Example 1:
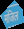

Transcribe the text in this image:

मंजिल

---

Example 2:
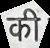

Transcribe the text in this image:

की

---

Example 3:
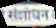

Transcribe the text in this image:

संशोधन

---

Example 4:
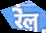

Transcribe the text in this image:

रेल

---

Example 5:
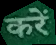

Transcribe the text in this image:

करें